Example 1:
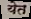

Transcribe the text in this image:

येत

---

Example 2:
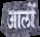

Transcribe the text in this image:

आलों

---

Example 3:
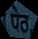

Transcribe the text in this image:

पेठ,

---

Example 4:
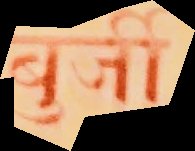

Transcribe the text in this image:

बुर्जी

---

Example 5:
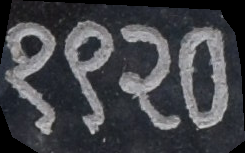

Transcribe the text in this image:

१९२0